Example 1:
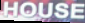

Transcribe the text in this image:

HOUSE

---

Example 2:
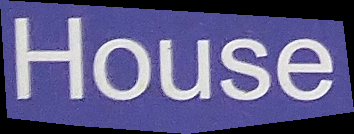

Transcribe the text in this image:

House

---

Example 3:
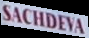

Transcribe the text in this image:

SACHDEVA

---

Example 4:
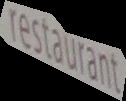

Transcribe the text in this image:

restaurant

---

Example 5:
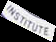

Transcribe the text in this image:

INSTITUTE